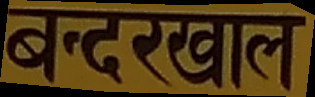
बन्दरखाल